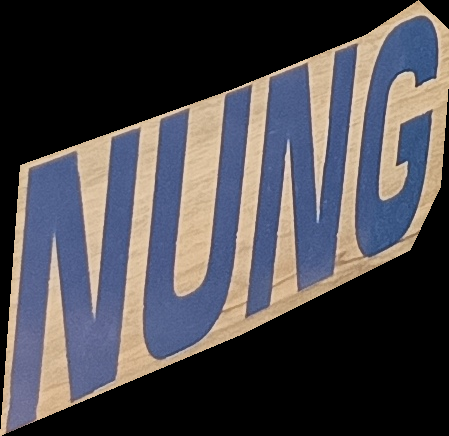
NUNG